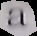
a